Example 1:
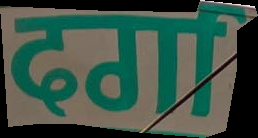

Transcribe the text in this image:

दर्गा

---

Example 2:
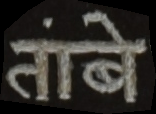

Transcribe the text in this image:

तांबे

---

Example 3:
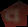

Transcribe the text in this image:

व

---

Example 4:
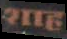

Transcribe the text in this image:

शाह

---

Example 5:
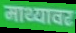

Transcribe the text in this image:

माथ्यावर